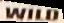
WILD